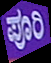
ಪೂರಿ